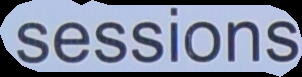
sessions